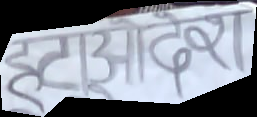
हटाओदेश